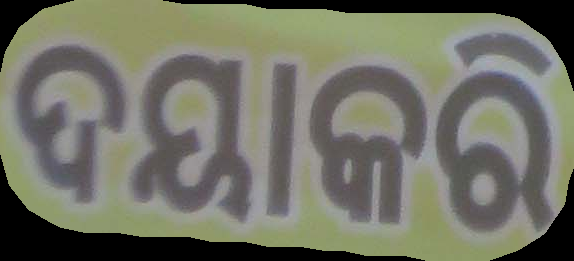
ଦୟାକରି